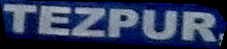
TEZPUR,